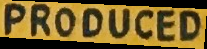
PRODUCED